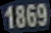
1869